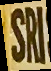
SRI